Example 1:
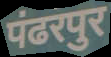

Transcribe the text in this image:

पंढरपुर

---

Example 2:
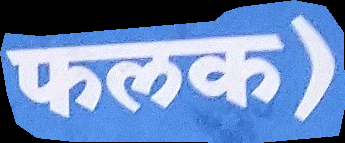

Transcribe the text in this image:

फलक)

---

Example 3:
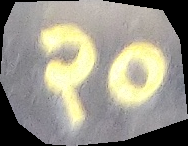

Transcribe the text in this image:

२०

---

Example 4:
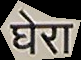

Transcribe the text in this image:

घेरा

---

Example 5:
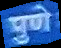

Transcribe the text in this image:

पुणे